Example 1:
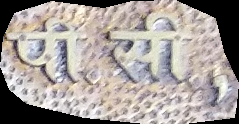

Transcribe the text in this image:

पी.सी.,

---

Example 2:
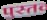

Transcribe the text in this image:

पुस्तक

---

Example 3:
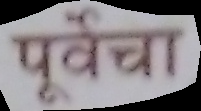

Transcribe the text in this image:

पूर्वेचा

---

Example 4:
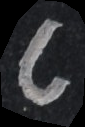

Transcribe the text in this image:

८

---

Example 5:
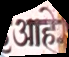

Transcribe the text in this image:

आहे.